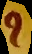
੧